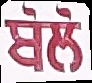
ਬੇਲੋ